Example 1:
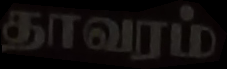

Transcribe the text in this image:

தாவரம்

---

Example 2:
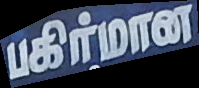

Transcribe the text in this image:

பகிா்மான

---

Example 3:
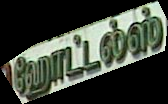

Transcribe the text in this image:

ஹோட்டல்ஸ்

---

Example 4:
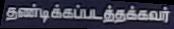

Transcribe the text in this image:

தண்டிக்கப்படத்தக்கவர்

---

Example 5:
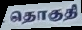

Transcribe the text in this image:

தொகுதி